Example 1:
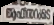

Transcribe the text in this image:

ആഫീൻറുടെ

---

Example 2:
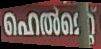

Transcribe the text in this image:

ഹെൽമറ്റ്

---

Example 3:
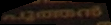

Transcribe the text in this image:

പുത്തൻ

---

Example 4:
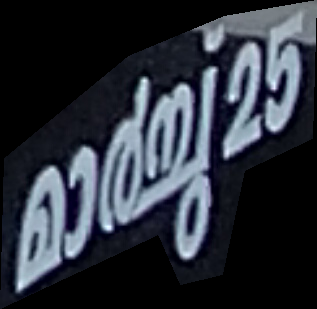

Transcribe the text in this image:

മാർച്ച് 25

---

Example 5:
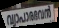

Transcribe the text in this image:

വ്യാപാരഭവൻ